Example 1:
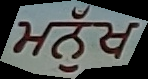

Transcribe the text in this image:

ਮਨੁੱਖ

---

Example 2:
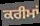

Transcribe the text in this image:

ਕਰੀਮਾਂ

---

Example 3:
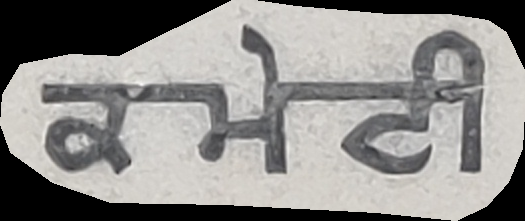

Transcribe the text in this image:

ਕਮੇਟੀ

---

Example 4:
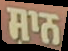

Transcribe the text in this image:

ਸਾਨ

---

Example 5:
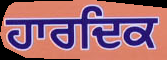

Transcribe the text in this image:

ਹਾਰਦਿਕ